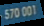
570001